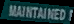
MAINTAINED